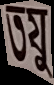
তযু